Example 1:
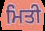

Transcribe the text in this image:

ਮਿਤੀ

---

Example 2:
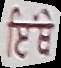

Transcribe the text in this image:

ਇਥੇ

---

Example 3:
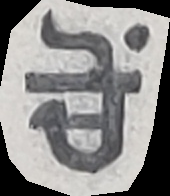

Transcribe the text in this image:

ਚੋਂ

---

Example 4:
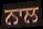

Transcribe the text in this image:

ਨਾਲ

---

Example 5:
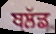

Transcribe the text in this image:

ਬਲੱਡ